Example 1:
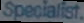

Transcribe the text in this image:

Specialist.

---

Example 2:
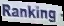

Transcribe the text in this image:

Ranking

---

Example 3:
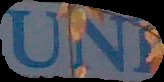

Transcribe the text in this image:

UNI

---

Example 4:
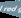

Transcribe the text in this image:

red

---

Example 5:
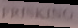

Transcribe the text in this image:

FRISKING